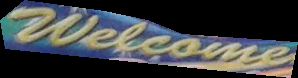
Welcome